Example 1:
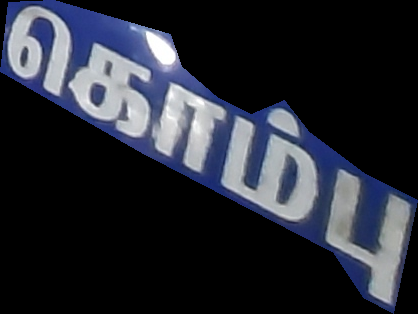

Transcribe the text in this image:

கொம்பு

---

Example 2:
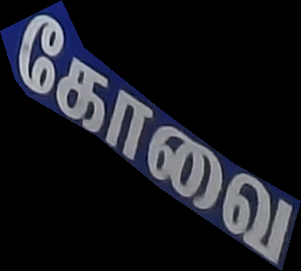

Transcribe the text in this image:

கோவை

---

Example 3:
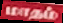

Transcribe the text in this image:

மாதம்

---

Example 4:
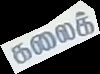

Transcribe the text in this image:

கலைக்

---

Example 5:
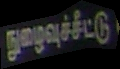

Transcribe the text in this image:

நுலழவச்சீட்டு